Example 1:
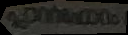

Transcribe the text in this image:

പ്ലാറ്റ്ഫോം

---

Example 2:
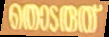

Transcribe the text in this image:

തൊടരുത്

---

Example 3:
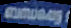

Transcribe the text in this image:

ബന്ധപ്പെട്ട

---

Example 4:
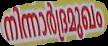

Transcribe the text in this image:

നിന്നാർദ്രമുഖം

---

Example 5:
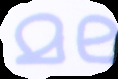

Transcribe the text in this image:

മല